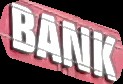
BANK